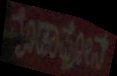
ವೊಡಾಫೋನ